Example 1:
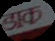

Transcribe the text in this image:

डाक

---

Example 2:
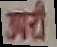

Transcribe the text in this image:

उपरी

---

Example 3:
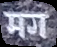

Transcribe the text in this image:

मग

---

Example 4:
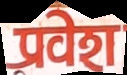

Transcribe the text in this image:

प्रवेश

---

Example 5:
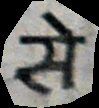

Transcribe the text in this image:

से